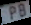
PB